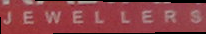
JEWELLERS